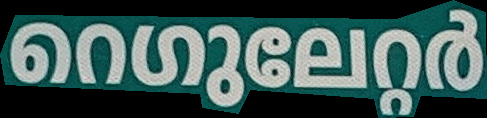
റെഗുലേറ്റർ